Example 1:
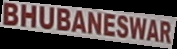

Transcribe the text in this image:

BHUBANESWAR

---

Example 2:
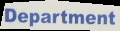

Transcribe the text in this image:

Department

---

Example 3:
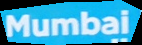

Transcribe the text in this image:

Mumbai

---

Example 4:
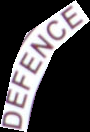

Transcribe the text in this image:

DEFENCE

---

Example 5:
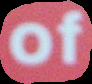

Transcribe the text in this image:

of